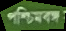
পশ্চিমবঙ্গ